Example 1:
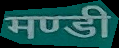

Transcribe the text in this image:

मण्डी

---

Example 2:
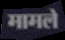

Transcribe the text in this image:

मामले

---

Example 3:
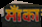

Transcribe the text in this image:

माँका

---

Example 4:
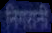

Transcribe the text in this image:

निगरानी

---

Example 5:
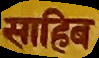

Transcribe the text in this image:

साहिब